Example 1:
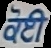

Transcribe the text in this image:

ਕੋਈ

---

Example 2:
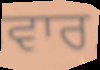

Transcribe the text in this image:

ਵਾਰ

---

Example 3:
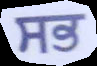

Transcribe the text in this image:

ਸਭ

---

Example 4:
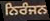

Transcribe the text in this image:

ਨਿਰੰਜਨ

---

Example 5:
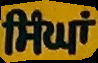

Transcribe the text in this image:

ਸਿੰਘਾਂ